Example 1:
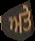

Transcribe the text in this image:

ਅਤੇ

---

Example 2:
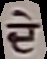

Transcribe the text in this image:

ਦੇ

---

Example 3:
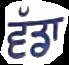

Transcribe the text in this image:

ਵੱਡਾ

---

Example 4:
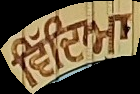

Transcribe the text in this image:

ਵਿੱਦਿਆ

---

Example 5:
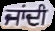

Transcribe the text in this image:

ਜਾਈ